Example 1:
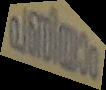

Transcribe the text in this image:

പണിയാം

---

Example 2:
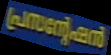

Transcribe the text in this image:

പ്രസൻറേഷൻ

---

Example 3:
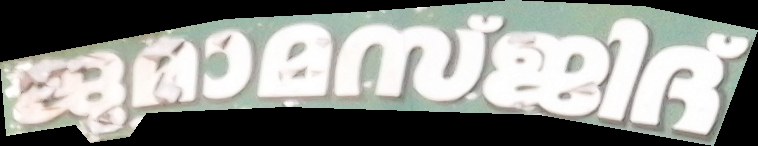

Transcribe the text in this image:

ജമാമസ്‌ജിദ്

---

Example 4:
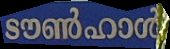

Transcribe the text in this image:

ടൗൺഹാൾ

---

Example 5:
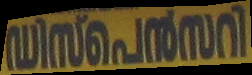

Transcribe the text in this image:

ഡിസ്പെൻസറി